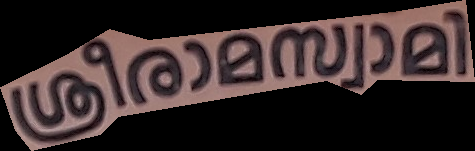
ശ്രീരാമസ്യാമി